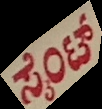
ಸೈಂಟ್